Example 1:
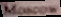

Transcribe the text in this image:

काव्याकारी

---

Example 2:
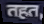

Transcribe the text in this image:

तहत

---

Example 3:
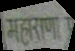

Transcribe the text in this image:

महाराणा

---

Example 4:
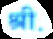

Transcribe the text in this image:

श्री.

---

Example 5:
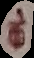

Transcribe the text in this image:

के